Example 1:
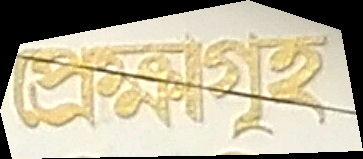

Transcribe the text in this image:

প্রেমীগৃহ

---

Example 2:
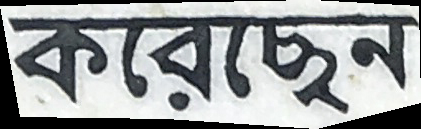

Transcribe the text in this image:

করেছেন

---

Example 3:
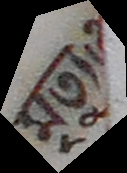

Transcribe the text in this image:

মৃত্যু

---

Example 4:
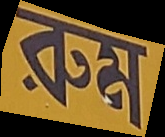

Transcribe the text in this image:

রুম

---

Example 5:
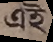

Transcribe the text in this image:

এই